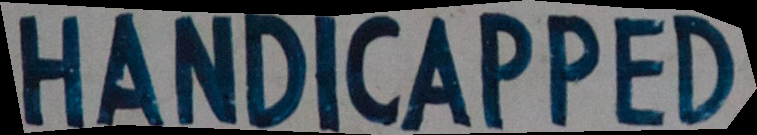
HANDICAPPED